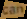
can